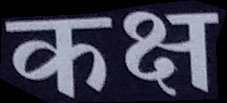
कक्ष